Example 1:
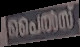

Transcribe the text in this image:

പൈൽസ്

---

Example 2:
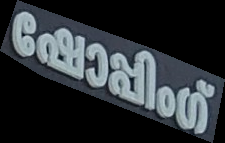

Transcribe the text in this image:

ഷോപ്പിംഗ്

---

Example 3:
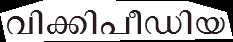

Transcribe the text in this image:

വിക്കിപീഡിയ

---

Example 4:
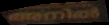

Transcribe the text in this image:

അനിൽ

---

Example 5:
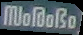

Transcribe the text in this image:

സം‌രംഭം